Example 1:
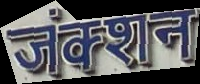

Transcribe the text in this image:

जंक्शन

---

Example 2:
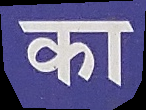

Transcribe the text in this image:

का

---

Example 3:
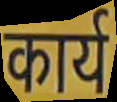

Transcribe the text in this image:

कार्य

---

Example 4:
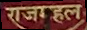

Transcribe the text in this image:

राजमहल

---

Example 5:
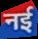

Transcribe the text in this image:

नई